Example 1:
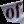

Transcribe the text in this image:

of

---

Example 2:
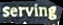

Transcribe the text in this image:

serving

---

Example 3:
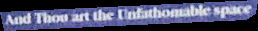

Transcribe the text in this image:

And thou art the Unfathomable space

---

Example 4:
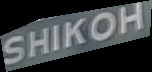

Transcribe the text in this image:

SHIKOH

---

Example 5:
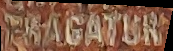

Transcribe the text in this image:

TRAGATUN